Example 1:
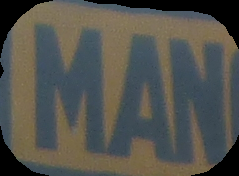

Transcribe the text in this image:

MAN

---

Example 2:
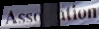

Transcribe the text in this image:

Association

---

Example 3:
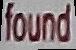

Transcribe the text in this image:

found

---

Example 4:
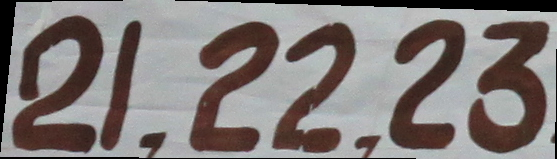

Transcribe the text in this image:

21,22,23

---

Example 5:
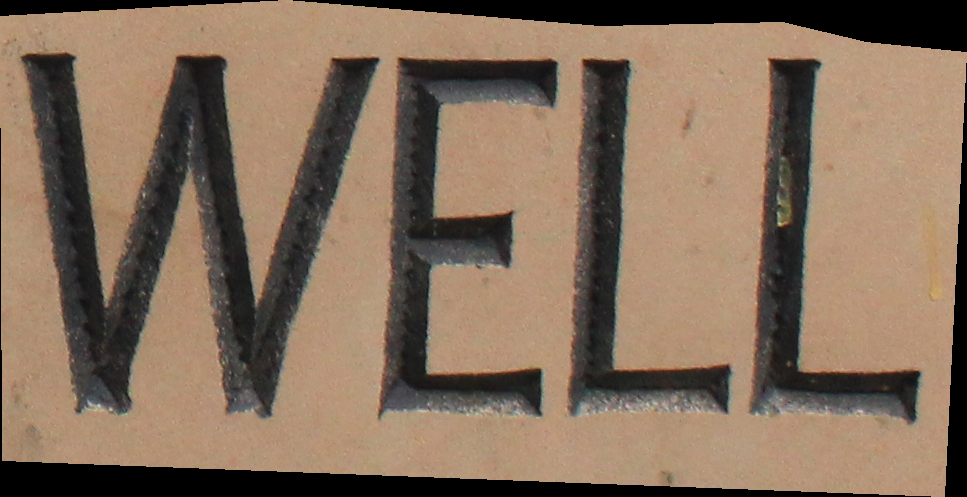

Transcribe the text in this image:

WELL